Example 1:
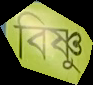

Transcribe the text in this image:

বিষ্ণু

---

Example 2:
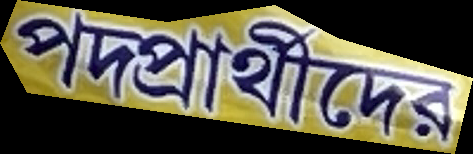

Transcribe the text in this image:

পদপ্রার্থীদের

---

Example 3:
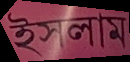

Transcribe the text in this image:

ইসলাম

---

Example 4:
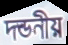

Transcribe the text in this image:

দন্ডনীয়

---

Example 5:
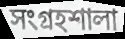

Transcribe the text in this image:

সংগ্রহশালা